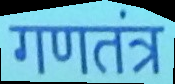
गणतंत्र